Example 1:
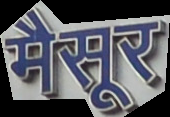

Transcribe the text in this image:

मैसूर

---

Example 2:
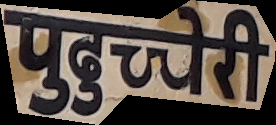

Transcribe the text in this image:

पुदुच्चेरी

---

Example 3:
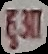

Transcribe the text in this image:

हुआ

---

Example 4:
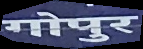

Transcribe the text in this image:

गोपुर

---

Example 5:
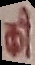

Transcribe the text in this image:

की